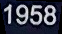
1958